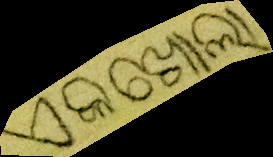
ଏକଚଖାଲା